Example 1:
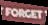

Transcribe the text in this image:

FORCET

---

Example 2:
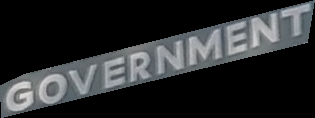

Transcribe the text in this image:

GOVERNMENT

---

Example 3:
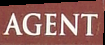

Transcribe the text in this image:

AGENT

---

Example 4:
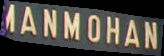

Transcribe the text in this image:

MANMOHAN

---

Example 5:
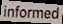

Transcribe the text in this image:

informed